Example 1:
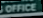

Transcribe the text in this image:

OFFICE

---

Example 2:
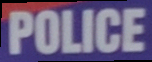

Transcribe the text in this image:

POLICE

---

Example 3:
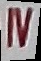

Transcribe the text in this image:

IV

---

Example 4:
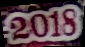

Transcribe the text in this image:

2018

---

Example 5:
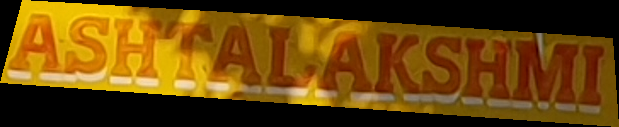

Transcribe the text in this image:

ASHTALAKSHMI